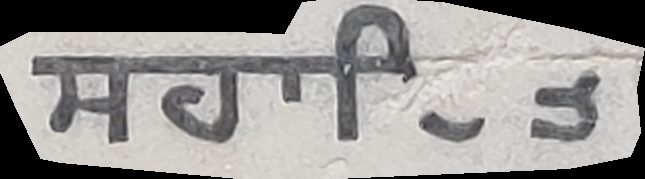
ਸਹਾਰਿਤ